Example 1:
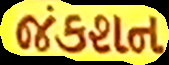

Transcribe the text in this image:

જંકશન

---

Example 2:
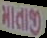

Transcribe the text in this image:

માતાજી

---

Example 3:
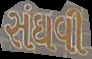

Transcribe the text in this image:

સંધવી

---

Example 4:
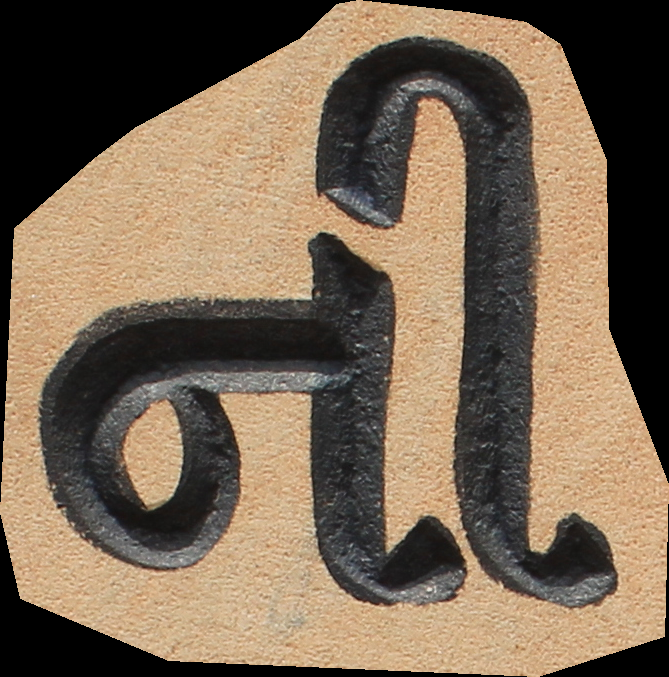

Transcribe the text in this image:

ની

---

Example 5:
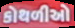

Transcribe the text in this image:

કોથળીઓ